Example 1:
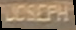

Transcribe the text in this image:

JOSEPH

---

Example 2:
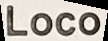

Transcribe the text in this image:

Loco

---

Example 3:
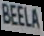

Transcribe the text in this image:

BEELA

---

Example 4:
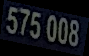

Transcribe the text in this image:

575008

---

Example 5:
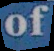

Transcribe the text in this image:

of